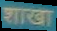
शाखा